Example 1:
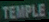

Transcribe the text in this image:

TEMPLE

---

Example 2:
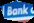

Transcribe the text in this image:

Bank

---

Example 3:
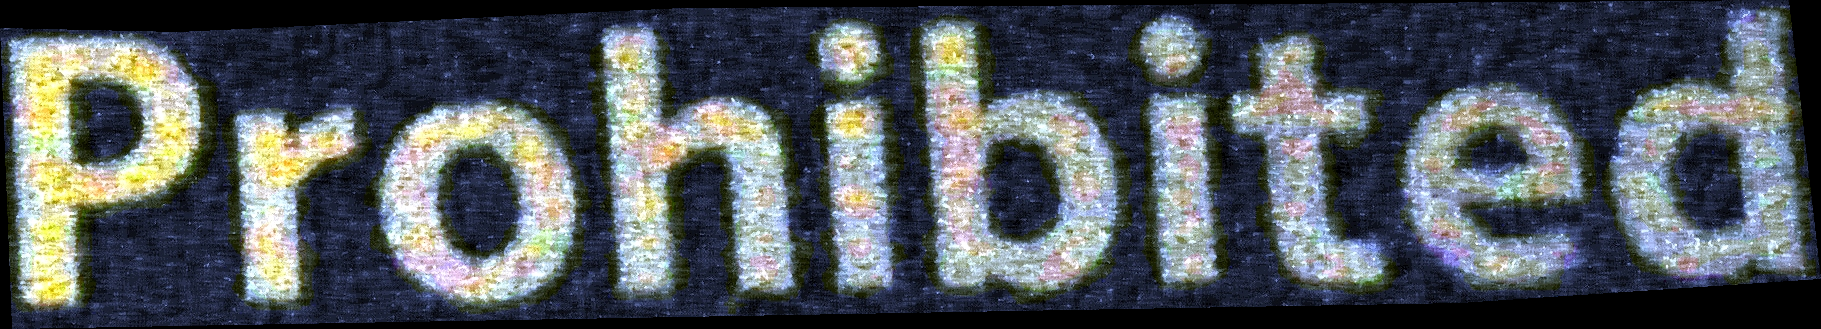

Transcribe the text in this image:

Prohibited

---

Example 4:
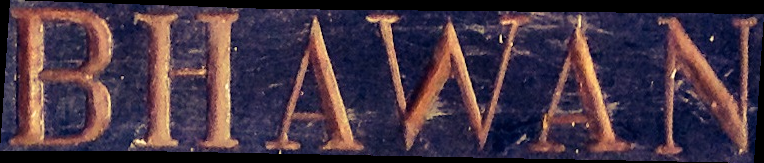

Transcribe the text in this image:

BHAWAN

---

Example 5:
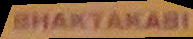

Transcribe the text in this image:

BHAKTAKABI